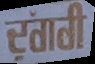
ਦੁੱਗਰੀ